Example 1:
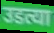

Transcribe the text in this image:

उडत्या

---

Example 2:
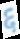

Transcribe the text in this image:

६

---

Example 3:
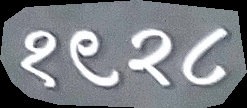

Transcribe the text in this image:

१९२८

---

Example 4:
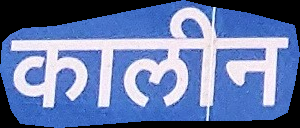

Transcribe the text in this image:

कालीन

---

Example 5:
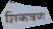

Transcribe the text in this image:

शिकवण